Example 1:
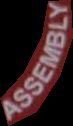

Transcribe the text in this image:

ASSEMBLY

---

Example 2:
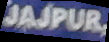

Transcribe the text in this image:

JAJPUR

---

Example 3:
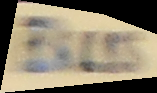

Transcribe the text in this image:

Bus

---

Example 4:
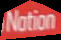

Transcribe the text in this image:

Nation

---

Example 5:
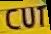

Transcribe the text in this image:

CUT